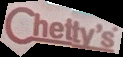
Chetty